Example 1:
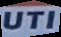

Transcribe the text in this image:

UTI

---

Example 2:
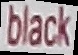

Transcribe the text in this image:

black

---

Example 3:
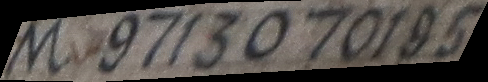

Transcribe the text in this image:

M-9713070195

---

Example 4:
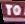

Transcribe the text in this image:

TO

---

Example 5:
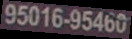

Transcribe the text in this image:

95016-95460